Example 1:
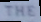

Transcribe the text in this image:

THE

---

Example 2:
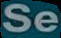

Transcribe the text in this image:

Se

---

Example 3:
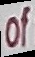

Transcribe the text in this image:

of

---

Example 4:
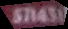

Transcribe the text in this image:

571431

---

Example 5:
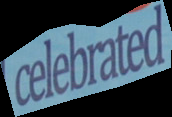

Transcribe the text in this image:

celebrated